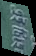
এই চিাহ্ন